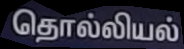
தொல்லியல்